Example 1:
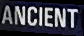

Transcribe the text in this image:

ANCIENT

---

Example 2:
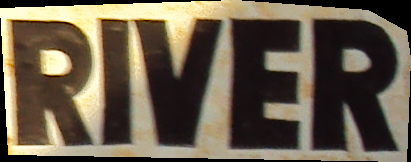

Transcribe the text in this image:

RIVER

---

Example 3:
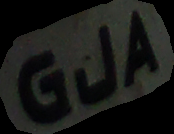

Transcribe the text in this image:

GJA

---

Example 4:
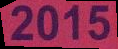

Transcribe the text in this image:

2015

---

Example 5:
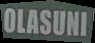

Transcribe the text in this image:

OLASUNI